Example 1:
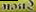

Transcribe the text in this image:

મઝારે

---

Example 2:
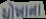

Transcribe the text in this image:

ચોખાના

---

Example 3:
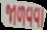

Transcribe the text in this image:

જાળવવા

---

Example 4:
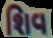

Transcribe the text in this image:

શિવ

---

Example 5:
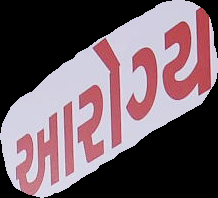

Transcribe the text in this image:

આરોગ્ય